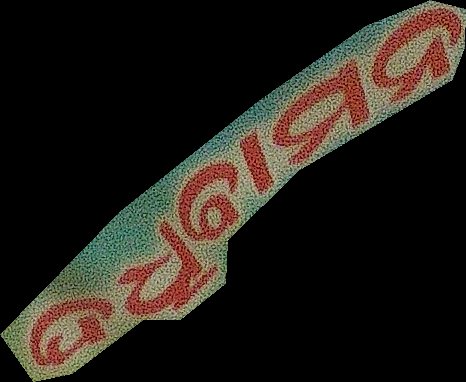
ଦଧୁବାମନ